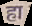
हा